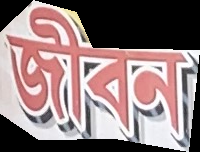
জীবন